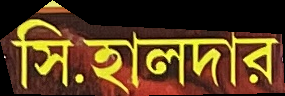
সি.হালদার